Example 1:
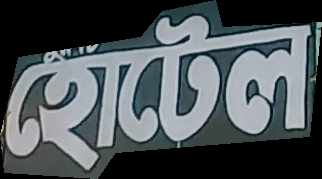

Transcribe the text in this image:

হোটেল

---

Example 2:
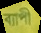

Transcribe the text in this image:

ব্যাপী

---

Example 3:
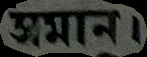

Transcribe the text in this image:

অমান৷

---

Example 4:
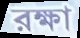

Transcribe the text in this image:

রক্ষা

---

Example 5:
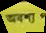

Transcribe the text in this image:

অবশ্য